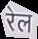
रेल